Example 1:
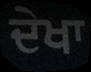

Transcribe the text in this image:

ਦੇਖਾ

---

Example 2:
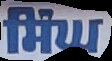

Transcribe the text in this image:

ਸਿੰਘ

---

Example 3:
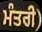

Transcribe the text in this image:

ਮੰਤਰੀ)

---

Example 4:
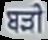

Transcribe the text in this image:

ਬੜੀ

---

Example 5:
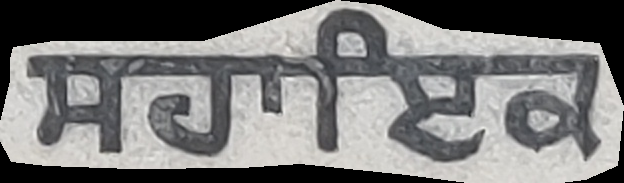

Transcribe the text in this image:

ਸਹਾਇਕ